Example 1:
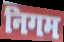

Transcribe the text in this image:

निगम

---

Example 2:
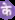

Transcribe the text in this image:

के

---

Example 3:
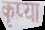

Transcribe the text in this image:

कृप्या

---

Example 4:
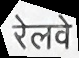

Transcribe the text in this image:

रेलवे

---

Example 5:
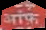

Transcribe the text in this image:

ऑफ़